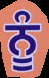
ਨੂੰ